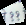
११